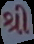
શ્રી